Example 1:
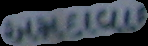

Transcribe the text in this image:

અમદાવા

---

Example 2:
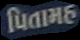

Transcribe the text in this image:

પિતામહ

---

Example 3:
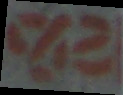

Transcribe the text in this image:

જય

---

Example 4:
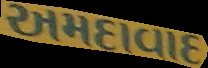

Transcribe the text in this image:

અમદાવાદ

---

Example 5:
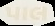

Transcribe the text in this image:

પાલ